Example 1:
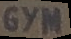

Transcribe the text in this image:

GYM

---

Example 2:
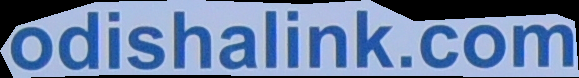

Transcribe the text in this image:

odishalink.com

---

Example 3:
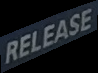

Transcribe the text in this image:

RELEASE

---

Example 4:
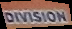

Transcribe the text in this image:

DIVISION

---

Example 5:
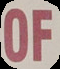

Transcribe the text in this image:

OF